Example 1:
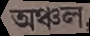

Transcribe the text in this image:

অঞ্চল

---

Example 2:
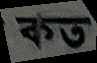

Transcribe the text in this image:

কত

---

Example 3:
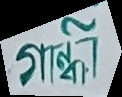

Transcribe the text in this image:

গন্ধী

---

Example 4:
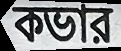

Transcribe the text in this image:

কভার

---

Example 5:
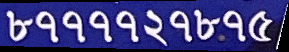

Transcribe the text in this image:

৮৭৭৭৭২৭৮৭৫